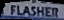
FLASHER